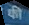
की